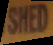
SHED